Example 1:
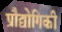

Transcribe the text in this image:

प्रौद्योगिकी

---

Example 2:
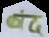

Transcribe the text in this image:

बंद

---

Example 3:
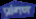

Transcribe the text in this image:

प्रांगण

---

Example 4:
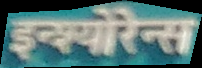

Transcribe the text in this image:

इन्श्योरेन्स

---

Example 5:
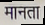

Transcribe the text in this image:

मानता